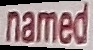
named